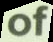
of